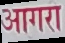
आगरा